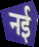
नई